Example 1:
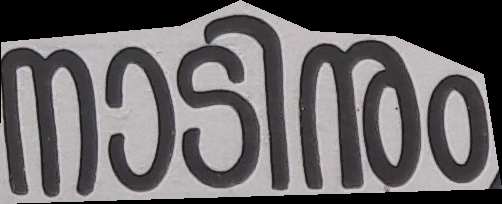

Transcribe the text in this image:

നാടിനും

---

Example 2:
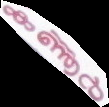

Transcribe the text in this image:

കണൂർ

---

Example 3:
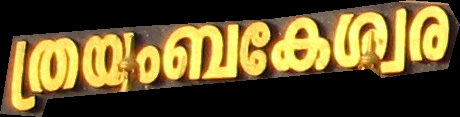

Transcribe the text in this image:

ത്രയംബകേശ്വര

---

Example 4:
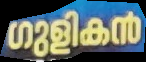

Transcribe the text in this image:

ഗുളികൻ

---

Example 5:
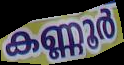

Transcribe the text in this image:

കണ്ണൂർ